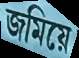
জমিয়ে